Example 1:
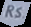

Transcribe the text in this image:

RS.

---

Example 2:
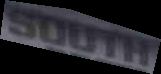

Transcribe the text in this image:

SOUTH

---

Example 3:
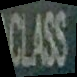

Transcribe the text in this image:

CLASS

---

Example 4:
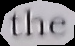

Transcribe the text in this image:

the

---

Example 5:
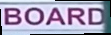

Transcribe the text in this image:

BOARD